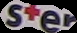
ster